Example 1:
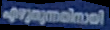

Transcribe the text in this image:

എഴുതുന്നതിനായി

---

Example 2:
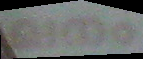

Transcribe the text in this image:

ലനം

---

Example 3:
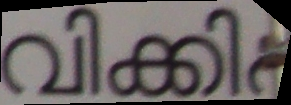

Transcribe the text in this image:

വിക്കി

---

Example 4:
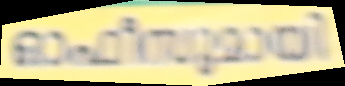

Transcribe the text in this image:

ഓഫീസുമായി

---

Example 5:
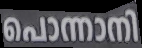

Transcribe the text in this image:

പൊന്നാനി